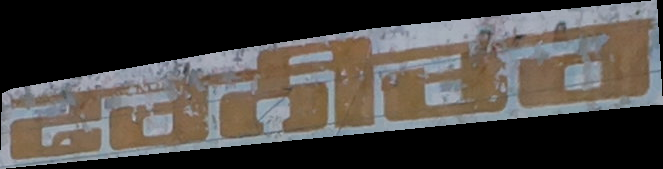
ਫਰਨੀਰਰ